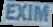
EXIM